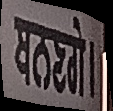
ਬਨਣਗੇ |